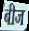
बीज